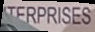
TERPRISES